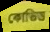
কোভিড